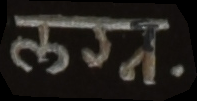
लग्न.